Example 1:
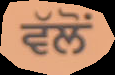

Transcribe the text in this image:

ਵੱਲੋਂ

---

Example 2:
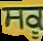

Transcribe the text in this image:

ਸਕੂ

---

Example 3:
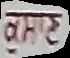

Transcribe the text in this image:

ਕੁਸਾਣ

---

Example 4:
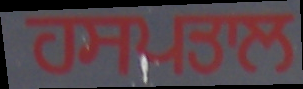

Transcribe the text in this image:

ਹਸਪਤਾਲ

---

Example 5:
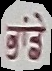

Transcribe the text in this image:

ਭਾਂਡे